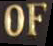
OF